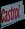
Castrol